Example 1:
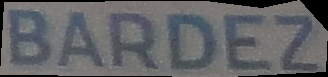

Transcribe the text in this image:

BARDEZ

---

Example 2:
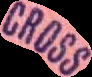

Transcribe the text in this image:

CROSS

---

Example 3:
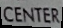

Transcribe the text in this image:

CENTER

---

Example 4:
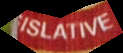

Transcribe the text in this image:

ISLATIVE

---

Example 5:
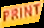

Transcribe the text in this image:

PRINT